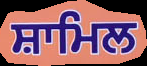
ਸ਼ਾਮਿਲ